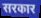
सरकार